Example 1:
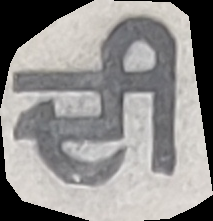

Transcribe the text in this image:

ਦੀ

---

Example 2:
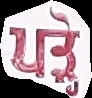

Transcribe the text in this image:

ਪੜ੍ਹੇ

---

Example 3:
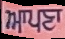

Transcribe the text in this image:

ਆਪਣਾ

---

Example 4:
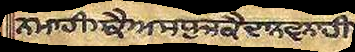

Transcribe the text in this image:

ਨਮਾਹੀ ਕੈਅਸਧੁਜਕੈਦਾਨਵਨਾਹੀ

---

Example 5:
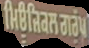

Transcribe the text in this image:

ਮਿਊਜਿਕਲਗਰੁੱਪ